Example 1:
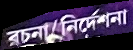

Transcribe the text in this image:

রচনা/নির্দেশনা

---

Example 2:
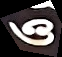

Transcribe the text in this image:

ও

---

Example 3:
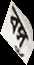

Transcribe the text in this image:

বসু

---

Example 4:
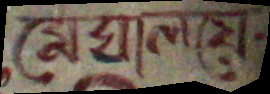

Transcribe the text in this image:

মেঘালয়ে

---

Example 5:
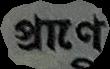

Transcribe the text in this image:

প্র৷ণে